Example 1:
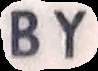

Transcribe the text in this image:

BY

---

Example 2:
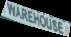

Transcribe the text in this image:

WAREHOUSE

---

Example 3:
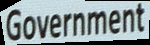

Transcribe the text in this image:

Government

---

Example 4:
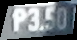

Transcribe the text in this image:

P3.50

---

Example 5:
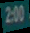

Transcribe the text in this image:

2:00